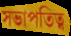
সভাপতিত্ব